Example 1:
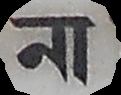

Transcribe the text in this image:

না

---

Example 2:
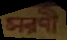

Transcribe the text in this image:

সরণী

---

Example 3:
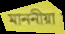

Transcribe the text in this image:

মাননীয়া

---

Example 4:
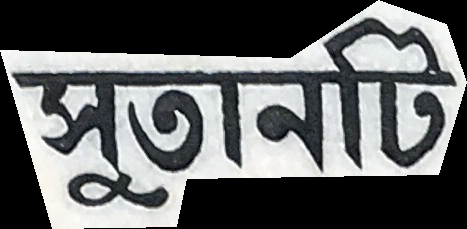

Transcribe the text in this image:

সুতানটি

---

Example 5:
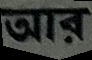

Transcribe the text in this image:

আর